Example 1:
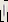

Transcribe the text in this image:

I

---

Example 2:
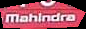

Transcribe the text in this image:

Mahindra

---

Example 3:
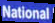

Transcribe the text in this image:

National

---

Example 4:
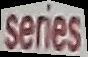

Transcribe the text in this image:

series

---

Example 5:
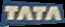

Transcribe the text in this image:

TATA